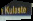
Kulaste